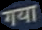
गया